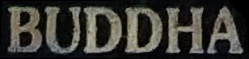
BUDDHA